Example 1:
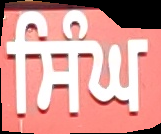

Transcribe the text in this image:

ਸਿੰਘ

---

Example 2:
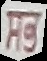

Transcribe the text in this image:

ਸਭ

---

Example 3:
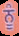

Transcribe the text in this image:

ਨੂੰ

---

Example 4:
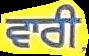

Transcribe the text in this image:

ਵਾਰੀ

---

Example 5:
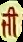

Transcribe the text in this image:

ਜੀ